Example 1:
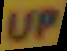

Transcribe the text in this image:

UP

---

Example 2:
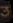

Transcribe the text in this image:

3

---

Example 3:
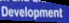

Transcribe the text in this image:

Development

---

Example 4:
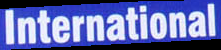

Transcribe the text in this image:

International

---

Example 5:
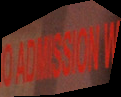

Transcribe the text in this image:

3400255017